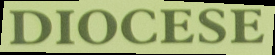
DIOCESE